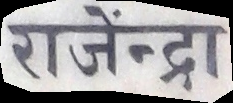
राजेंन्द्रा